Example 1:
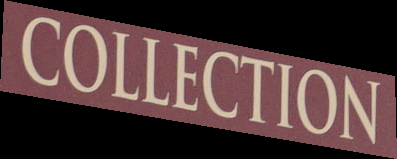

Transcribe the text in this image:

COLLECTION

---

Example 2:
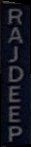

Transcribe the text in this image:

RAJDEEP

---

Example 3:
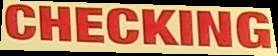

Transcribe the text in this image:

CHECKING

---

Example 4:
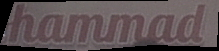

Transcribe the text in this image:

hammad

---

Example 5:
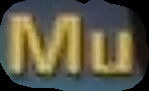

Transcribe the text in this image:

Mu